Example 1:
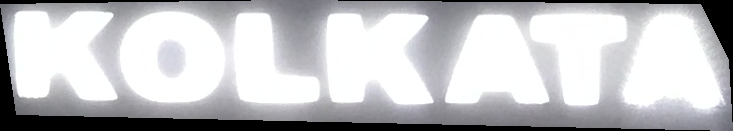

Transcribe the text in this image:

KOLKATA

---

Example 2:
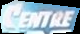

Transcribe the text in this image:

CENTRE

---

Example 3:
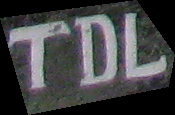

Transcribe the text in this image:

TDL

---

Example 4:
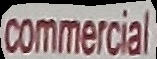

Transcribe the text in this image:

commercial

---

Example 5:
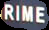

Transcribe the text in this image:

RIME